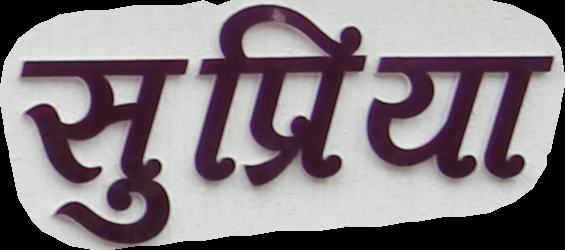
सुप्रिया